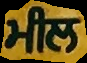
ਮੀਲ